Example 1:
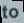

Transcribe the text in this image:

to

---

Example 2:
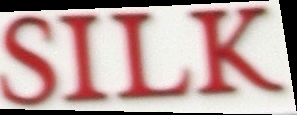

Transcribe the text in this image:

SILK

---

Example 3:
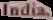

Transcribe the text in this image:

India,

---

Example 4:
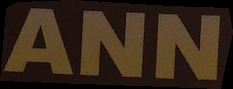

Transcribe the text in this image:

ANN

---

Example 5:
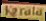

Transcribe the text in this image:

Kerala